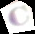
ે૧૦